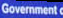
Government